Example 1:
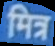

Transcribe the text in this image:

मित्र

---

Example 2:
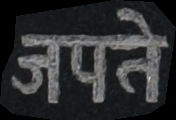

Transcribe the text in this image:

जपते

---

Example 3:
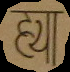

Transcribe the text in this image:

ह्या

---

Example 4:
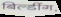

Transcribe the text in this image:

बिल्डींग,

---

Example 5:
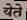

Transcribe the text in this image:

येते